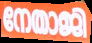
നേതാജി